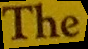
The